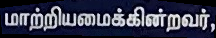
மாற்றியமைக்கின்றவர்